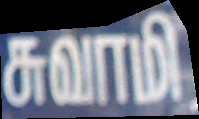
சுவாமி